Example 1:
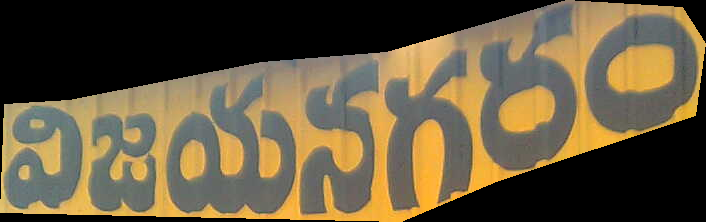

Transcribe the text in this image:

విజయనగరం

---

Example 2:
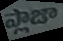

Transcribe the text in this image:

ప్లాజా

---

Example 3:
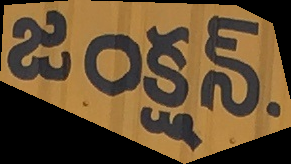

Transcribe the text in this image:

జింక్షన్.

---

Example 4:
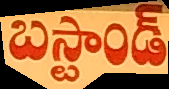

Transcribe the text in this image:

బస్టాండ్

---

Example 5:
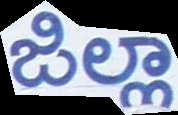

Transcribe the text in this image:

జిల్లా